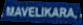
MAVELIKARA,